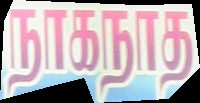
நாகநாத